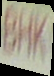
BHK